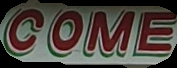
COME